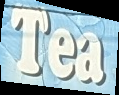
Tea